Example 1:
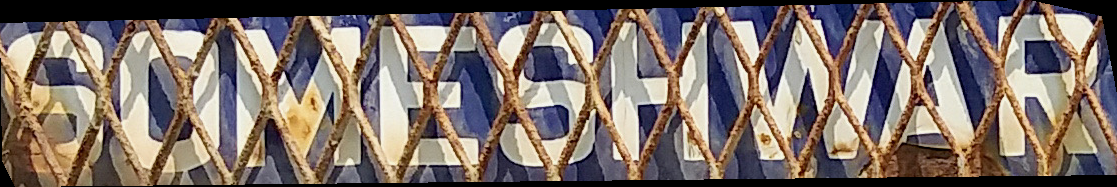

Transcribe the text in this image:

SOMESHWAR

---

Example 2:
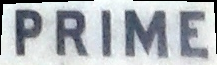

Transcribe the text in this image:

PRIME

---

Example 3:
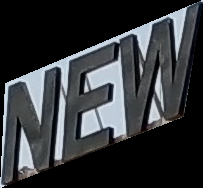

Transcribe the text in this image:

NEW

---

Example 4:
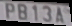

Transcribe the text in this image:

PB13A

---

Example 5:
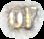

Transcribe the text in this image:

OF